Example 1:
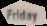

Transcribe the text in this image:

Friday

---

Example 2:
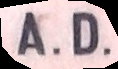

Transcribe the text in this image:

A.D.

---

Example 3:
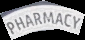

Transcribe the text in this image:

PHARMACY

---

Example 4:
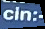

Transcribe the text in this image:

cin:-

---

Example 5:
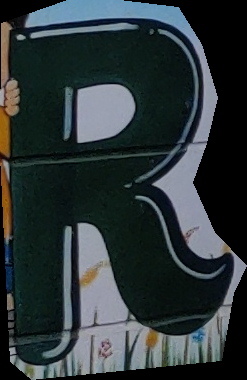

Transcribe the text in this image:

R